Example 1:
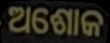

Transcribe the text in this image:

ଅଶୋନ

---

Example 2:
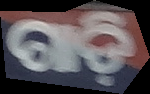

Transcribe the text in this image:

ଗାଡ଼ି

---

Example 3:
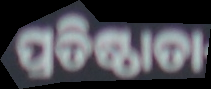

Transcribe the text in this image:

ପ୍ରତିଷ୍ଠାତା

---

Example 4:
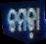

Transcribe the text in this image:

ଚମଡ଼ା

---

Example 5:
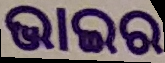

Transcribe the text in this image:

ଭାଇର